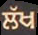
ਲੱਖ